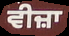
ਵੀਜ਼ਾ